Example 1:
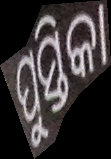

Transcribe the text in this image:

ପୁସ୍ତିକା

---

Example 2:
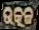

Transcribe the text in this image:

ଉତ୍କଳ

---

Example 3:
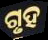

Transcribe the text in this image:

ଗୃହ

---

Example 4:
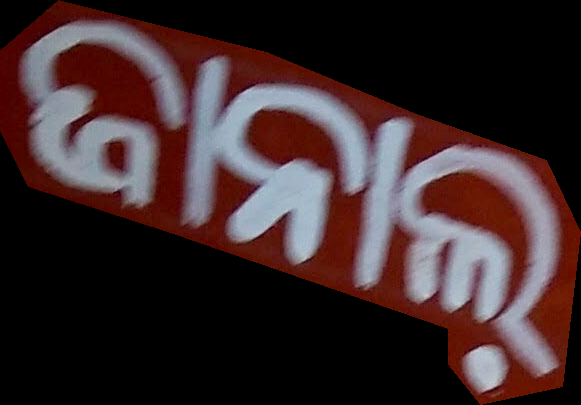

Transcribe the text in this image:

ଜାନାଲ୍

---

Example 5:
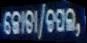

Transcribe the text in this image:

ଜୋତା |ଚପଲ,